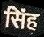
सिंह